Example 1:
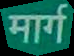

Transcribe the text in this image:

मार्ग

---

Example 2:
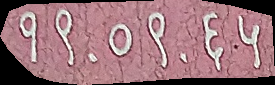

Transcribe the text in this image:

१९.०१.६५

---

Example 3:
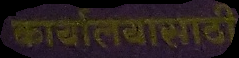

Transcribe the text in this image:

कार्यालयासाठी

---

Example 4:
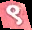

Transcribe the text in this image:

९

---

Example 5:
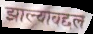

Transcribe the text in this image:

झाल्याबद्दल